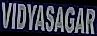
VIDYASAGAR